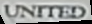
UNITED